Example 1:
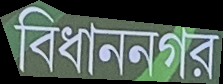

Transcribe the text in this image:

বিধাননগর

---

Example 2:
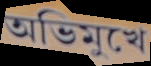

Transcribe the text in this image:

অভিমুখে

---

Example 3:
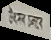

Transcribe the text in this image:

উৎসব চলবে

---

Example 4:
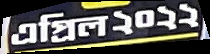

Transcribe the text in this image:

এপ্রিল২০২২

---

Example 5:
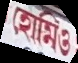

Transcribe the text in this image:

হোমিও